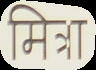
मित्रा